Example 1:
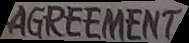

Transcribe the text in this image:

AGREEMENT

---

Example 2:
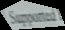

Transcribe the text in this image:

Supported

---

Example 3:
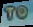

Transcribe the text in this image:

TO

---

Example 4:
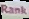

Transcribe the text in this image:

Rank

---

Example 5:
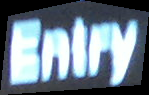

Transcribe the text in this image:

Entry